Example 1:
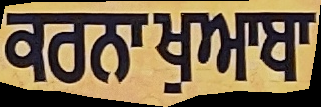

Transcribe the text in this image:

ਕਰਨਾ ਖੁਆਬਾ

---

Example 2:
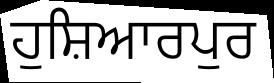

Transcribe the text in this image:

ਹੁਸ਼ਿਆਰਪੁਰ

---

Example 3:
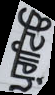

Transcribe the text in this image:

ਪ੍ਰਗਟਿਓ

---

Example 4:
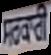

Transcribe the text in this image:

ਸਰਕਾਰੀ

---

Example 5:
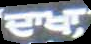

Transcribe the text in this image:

ਦਾਖਾ,